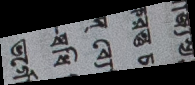
ক্ষরন্ত চ। চসদ্‌ ব্যোম ণে,-ঘধি শি শ্যং, ভর্গো